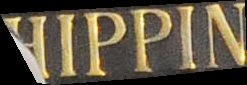
IPPIN